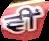
ਵੀਂ